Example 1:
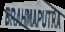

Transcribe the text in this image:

BRAHMAPUTRA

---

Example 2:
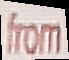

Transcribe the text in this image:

from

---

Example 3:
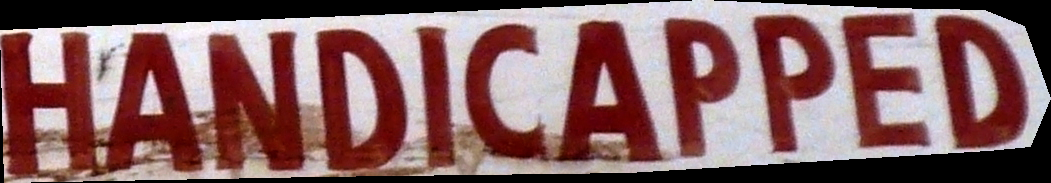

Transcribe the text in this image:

HANDICAPPED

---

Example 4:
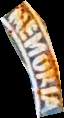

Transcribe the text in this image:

MEMOKIA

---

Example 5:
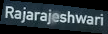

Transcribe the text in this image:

Rajarajeshwari